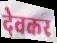
देवकर